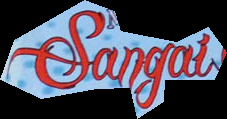
Sangat